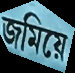
জমিয়ে